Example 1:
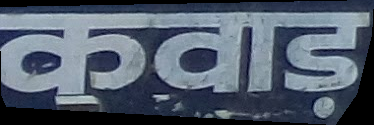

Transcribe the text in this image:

कवाड़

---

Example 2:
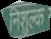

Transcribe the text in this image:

निशुल्क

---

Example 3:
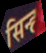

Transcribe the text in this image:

सिन्ह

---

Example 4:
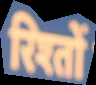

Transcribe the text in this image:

रिश्तों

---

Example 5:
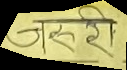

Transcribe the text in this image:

जरूरी